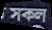
সকল